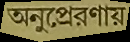
অনুপ্রেরণায়